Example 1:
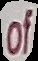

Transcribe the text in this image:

of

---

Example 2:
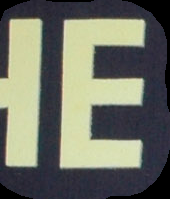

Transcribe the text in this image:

E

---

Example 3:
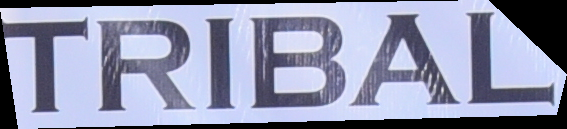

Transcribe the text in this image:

TRIBAL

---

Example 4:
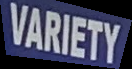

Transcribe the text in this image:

VARIETY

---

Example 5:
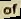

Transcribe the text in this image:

of